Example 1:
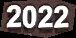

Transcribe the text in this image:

2022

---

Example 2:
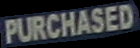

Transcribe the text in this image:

PURCHASED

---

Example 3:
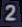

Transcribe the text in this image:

2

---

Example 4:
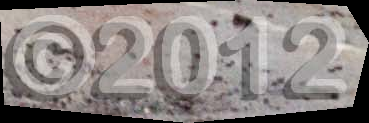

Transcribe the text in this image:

©2012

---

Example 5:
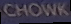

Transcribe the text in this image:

CHOWK